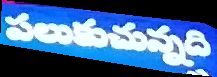
పలుకుచున్నది